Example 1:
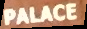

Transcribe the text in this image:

PALACE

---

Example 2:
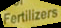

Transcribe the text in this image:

Fertilizers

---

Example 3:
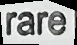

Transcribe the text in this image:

rare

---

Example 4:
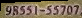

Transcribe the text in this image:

98551-55707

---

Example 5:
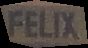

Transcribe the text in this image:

FELIX